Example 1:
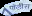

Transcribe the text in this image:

पोलीस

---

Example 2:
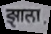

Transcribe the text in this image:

झाला.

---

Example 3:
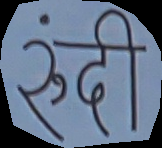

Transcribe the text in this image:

रुंदी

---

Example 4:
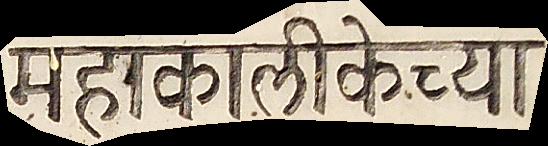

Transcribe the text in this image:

महाकालीकेच्या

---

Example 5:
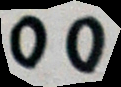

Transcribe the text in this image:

००